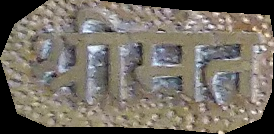
श्रीमत